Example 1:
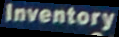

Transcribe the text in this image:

Inventory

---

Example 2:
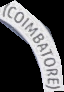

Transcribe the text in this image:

(COIMBATORE)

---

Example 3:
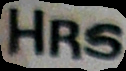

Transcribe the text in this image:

HRS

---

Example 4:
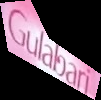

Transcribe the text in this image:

Gulabari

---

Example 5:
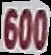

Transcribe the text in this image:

600